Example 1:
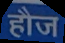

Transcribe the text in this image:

हौज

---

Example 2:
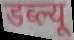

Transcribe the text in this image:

डब्ल्यू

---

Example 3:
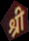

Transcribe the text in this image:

श्री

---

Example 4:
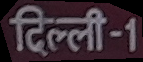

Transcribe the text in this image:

दिल्ली -1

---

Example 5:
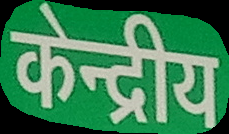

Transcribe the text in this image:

केन्द्रीय